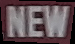
NEW